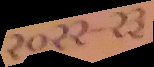
२०२२-२३